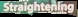
Straightening